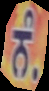
ਨੰ.